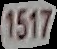
1517